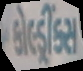
કોલ્ડ્રીંક્સ